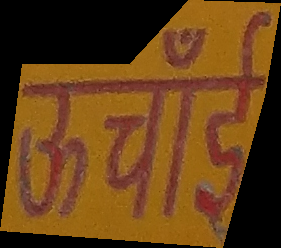
ऊचाँई